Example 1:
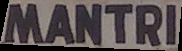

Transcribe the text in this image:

MANTRI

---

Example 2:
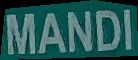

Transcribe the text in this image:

MANDI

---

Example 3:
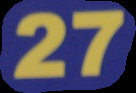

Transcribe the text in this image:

27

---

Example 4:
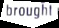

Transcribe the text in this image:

brought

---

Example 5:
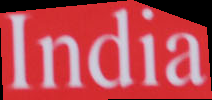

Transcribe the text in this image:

India